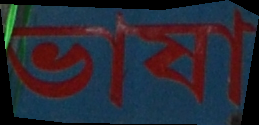
ভাষা